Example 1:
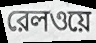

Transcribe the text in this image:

রেলওয়ে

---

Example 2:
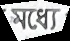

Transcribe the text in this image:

মধ্যে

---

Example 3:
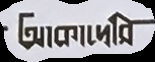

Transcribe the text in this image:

আকাদেরি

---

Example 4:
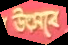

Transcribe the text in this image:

উৎসবে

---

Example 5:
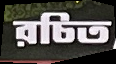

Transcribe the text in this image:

রচিত